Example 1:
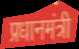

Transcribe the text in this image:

प्रधानमंत्री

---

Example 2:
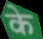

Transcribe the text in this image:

के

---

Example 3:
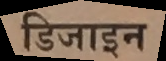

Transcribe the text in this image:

डिजाइन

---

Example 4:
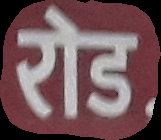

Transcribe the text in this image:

रोड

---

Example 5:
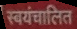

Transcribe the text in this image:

स्वयंचालित